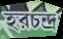
হরচন্দ্র